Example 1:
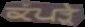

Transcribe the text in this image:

ਕੱਪੜੇ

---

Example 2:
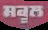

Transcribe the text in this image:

ਸਕੂਲ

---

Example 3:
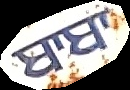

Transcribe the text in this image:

ਬਾਬਾ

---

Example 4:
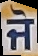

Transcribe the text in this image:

ਜੋ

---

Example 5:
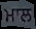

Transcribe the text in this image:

ਮਾਲ